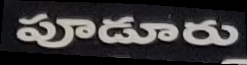
పూడూరు